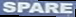
SPARE